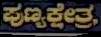
ಪುಣ್ಪಕ್ಷೇತ್ರ